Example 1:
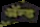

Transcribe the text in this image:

ॲन्ड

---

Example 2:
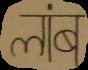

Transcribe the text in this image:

लांब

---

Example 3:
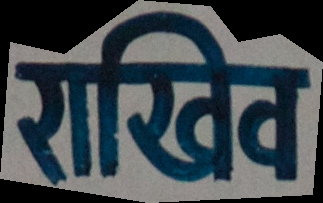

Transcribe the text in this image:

राखिव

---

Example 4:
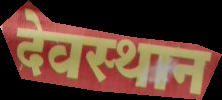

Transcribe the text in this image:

देवस्थान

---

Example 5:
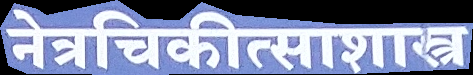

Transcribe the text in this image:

नेत्रचिकीत्साशास्त्र